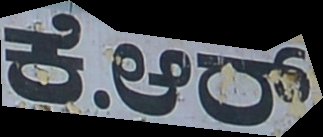
ಕೆ.ಆರ್